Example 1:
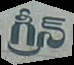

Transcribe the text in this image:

గ్రీన్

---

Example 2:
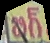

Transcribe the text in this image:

బిగ్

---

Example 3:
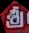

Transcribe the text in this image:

శ్ర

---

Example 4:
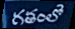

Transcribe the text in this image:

గతంలో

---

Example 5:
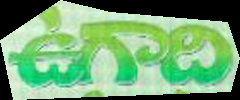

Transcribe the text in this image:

ఉగాది